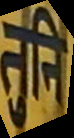
तुनि